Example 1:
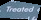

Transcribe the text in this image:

Treated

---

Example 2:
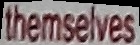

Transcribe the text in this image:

themselves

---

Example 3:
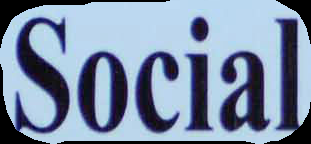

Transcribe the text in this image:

Social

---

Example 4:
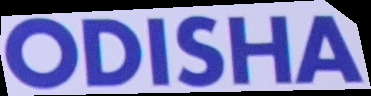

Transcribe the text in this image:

ODISHA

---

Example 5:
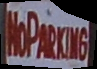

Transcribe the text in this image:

NOPARKING